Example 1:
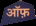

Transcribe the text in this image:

ऑफ़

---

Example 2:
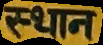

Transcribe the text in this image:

स्थान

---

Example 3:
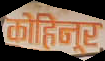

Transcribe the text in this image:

कोहिनूर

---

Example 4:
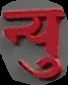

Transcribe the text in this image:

न्यु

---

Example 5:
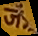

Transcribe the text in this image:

जं.